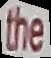
the